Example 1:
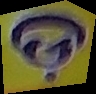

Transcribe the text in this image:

ତ଼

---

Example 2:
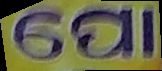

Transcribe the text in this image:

ପୋ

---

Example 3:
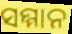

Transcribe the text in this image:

ସମ୍ମାନ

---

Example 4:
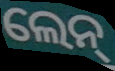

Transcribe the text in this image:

ଲେନ୍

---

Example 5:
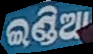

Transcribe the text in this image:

ଇଣ୍ଡିଆ